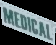
MEDICAL